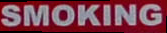
SMOKING